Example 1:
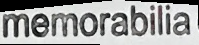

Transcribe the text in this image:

memorabilia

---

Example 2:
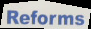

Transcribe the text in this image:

Reforms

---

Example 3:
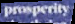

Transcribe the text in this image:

prosperity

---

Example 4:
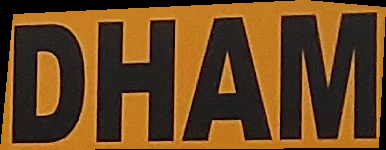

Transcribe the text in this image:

DHAM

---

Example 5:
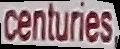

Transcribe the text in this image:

centuries,